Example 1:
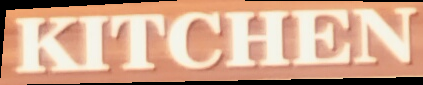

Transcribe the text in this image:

KITCHEN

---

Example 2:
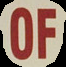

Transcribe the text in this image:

OF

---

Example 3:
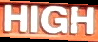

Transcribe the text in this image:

HIGH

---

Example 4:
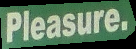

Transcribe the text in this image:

Pleasure.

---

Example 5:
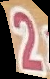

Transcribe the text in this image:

2